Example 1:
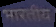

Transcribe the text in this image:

भारतीय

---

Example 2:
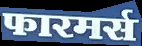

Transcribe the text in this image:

फारमर्स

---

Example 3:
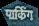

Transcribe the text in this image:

पार्किंग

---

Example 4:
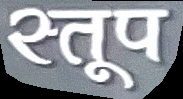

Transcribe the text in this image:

स्तूप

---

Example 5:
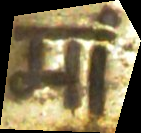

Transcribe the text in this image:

मां